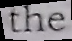
the